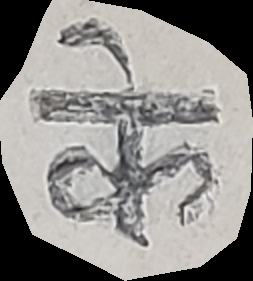
के